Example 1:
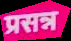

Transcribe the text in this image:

प्रसन्न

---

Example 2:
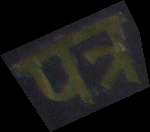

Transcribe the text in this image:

पत्र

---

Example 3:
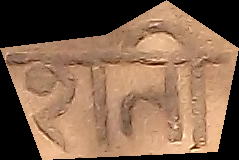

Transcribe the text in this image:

शती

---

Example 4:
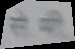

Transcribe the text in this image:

से मी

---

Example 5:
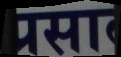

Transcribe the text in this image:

प्रसाद